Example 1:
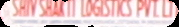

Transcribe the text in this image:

SHIV SHAKTI LOGISTICS PVT LTD.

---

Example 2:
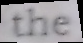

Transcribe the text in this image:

the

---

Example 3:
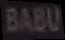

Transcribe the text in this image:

BABU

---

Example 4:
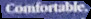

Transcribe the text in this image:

Comfortable,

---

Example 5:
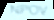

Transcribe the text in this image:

NPOV